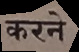
करने